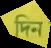
দিন